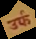
उर्फ